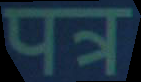
पत्र